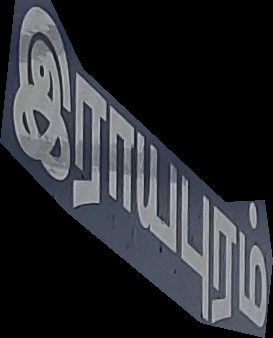
இராயபுரம்